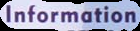
Information